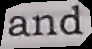
and